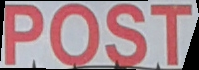
POST